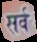
सर्व